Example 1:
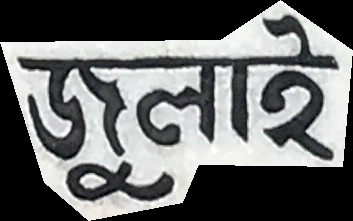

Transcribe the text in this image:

জুলাই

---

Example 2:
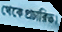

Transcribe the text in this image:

থেকে প্রচারিত।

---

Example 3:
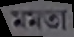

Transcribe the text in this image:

মমতা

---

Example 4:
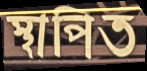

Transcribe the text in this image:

স্থাপিত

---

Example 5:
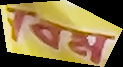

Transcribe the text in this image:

বম